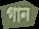
গান